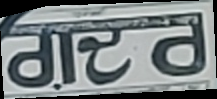
ਗ਼ਦਰ